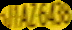
GJ-1-AZ-6438